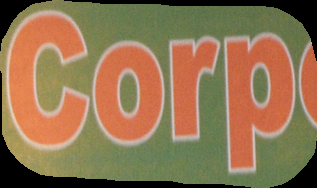
Corp